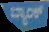
ಬ್ಯಾಲಕ